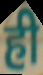
ह‌ी